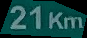
21km